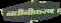
नवीनीकरण